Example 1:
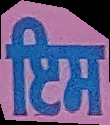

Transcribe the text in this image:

ਇਸ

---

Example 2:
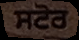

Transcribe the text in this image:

ਸਟੋਰ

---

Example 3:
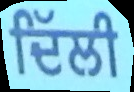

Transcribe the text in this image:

ਦਿੱਈ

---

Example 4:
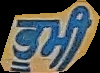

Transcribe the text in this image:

ਭੂਮੀ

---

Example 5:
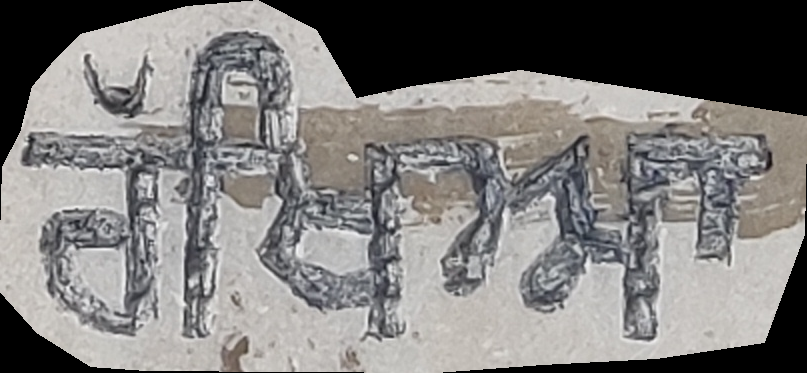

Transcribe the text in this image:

ਰੱਖਿਆ